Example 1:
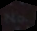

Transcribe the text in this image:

No.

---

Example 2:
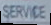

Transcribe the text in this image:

SERVICE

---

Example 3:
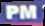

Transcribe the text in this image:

PM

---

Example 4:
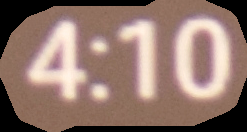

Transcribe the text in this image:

4:10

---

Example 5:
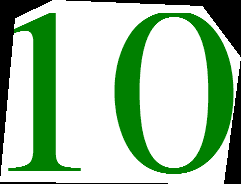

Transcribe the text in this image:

10